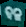
ଦଳ